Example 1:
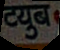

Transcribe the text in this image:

टयुब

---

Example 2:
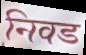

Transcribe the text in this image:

निवड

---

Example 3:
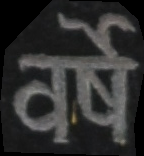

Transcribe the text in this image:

वर्षे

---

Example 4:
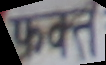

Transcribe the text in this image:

फक्त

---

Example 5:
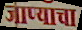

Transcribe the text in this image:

जाण्य‍‍‍ाचा